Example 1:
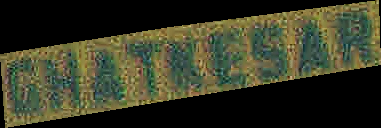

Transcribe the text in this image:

GHATKESAR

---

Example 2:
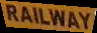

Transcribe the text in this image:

RAILWAY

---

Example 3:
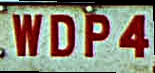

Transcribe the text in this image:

WDP4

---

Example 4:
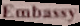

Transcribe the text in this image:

Embassy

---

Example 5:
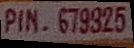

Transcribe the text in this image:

PIN-679325